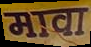
मावा